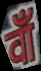
वॉँ